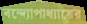
বন্দ্যোপাধ্যায়ের